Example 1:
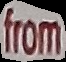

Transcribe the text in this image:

from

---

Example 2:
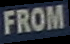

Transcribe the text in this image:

FROM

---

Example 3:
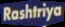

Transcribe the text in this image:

Rashtriya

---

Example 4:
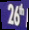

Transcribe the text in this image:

26th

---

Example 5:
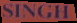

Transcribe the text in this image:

SINGH